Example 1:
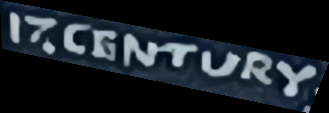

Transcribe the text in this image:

17.CENTURY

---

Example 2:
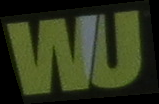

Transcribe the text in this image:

WU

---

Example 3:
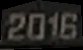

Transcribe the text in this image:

2016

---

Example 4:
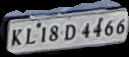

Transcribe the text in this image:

KL18D4466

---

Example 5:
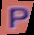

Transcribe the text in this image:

P